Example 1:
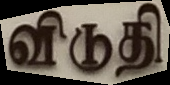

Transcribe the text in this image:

விடுதி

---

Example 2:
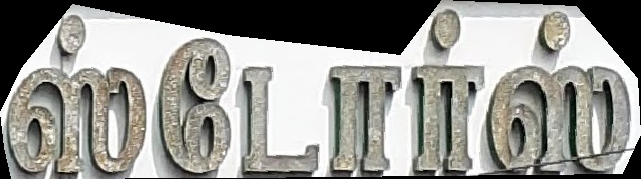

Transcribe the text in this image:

ஸ்டோா்ஸ்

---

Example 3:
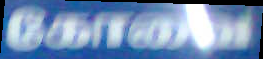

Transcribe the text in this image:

கோவை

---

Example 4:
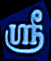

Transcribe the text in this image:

ஸ்ரீ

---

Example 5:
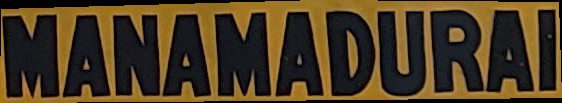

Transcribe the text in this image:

பபடபட்டப்பட்ட